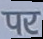
पर